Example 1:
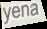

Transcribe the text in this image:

yena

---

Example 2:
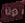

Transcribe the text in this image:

up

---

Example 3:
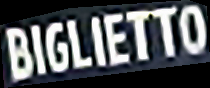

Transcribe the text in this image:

BIGLIETTO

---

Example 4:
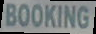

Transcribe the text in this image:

BOOKING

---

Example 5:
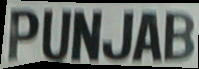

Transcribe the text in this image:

PUNJAB